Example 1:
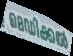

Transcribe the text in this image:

മെഡിക്കൽ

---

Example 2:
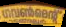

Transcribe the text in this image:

ഗവൺ‌മെൻ്റ്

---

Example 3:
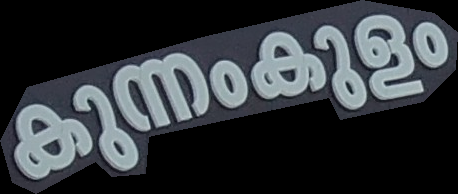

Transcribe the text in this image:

കുന്നംകുളം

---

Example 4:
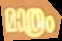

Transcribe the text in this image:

ദാത്രം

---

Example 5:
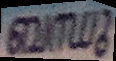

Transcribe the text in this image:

ബഡു